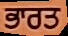
ਭਾਰਤ